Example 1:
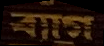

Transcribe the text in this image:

ব্যাগ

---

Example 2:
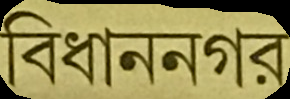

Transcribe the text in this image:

বিধাননগর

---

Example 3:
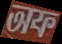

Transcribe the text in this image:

অফ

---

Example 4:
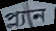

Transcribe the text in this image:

প্ল্যান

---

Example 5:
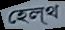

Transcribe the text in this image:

হেল্থ